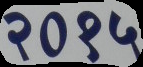
२0१५